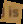
is